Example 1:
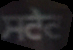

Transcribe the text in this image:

ਸਟੇਟ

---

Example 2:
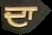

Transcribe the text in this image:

ਦਾ1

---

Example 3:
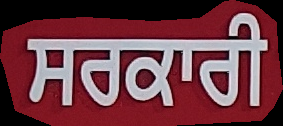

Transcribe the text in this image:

ਸਰਕਾਰੀ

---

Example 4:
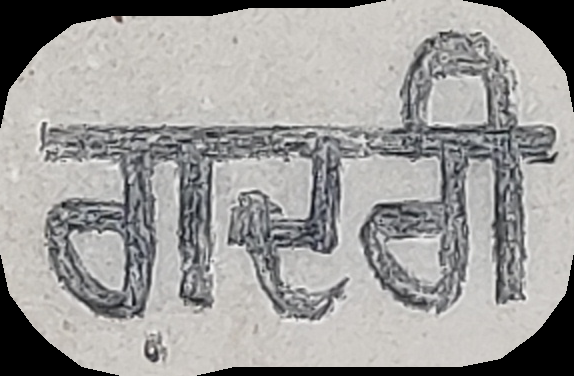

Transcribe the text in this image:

ਗਦਰੀ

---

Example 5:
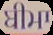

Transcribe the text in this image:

ਬੀਮਾ